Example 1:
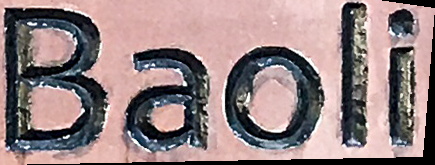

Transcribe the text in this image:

Baoli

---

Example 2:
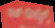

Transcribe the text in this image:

way,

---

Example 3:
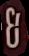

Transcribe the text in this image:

&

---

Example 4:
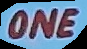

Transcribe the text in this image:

ONE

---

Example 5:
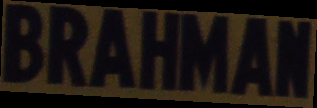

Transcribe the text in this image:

BRAHMAN